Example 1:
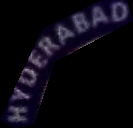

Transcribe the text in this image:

HYDERABAD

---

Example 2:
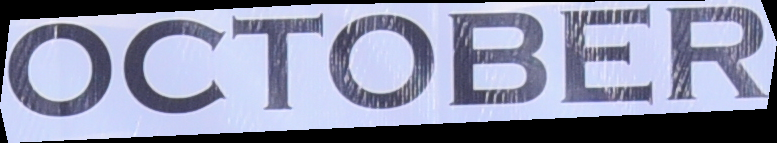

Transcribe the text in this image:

OCTOBER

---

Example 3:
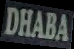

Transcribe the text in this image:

DHABA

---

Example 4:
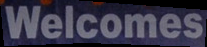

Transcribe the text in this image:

Welcomes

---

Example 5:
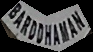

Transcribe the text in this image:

BARDDHAMAN